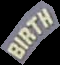
BIRTH